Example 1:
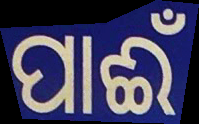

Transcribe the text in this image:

ପାଈଁ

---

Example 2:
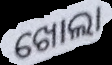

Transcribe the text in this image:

ଖୋଲା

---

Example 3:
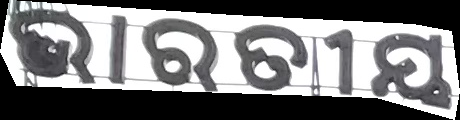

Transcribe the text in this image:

ଭାରତୀୟ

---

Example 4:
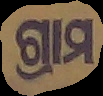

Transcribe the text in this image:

ଗ୍ରାମ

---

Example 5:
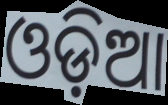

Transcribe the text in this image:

ଓଡ଼ିଆ